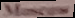
Moscow